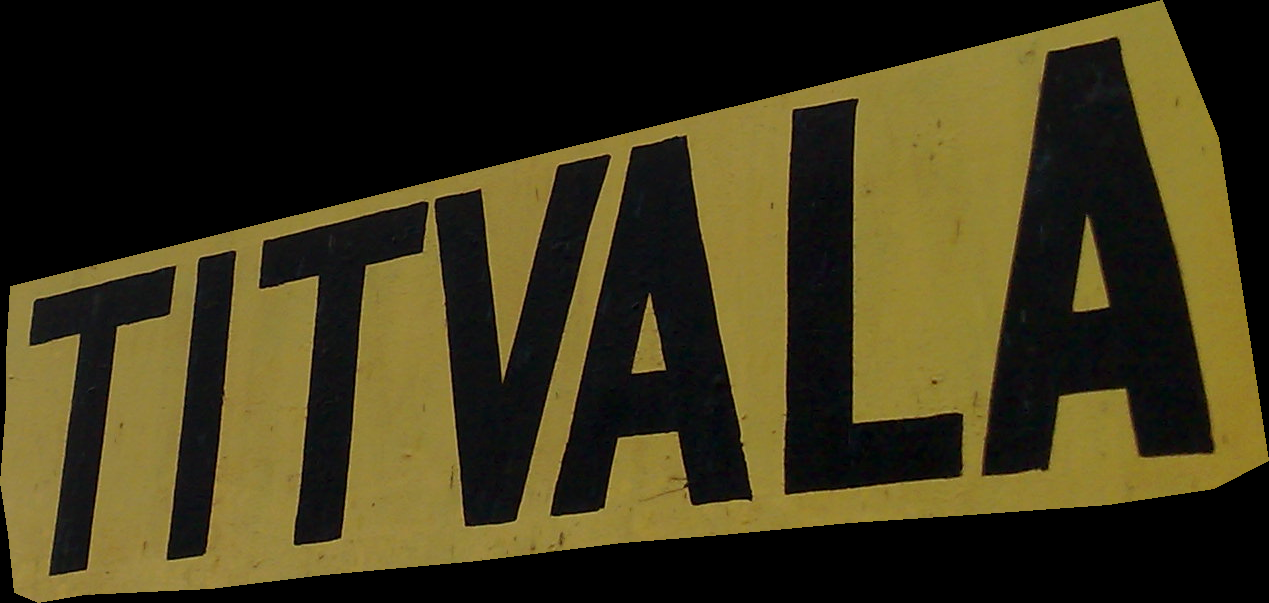
TITVALA